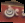
ಶ್ರೀ